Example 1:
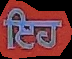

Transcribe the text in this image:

ਇਹ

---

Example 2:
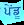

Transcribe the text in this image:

ਪੇਂਡੂ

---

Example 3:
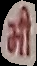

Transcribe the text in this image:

ਮੀ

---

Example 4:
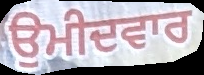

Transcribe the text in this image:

ਉਮੀਦਵਾਰ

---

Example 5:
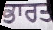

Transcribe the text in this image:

ਭਾਰਤ